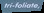
tri-foliate,